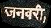
जनवरी,